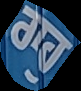
ਰਾਹੁ